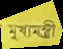
মুখ্যমন্ত্রী